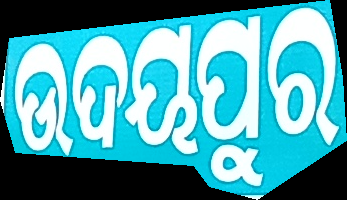
ଉଦୟପୁର